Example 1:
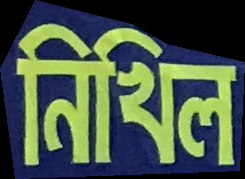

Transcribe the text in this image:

নিখিল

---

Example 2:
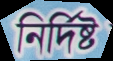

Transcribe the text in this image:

নির্দিষ্ট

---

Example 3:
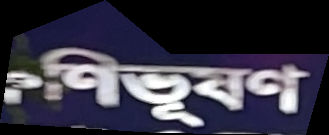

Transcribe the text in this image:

ণিভূষণ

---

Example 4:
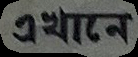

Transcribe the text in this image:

এখানে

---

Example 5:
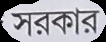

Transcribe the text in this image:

সরকার